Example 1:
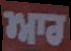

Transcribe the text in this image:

ਆਰ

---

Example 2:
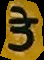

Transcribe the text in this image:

ਤੇ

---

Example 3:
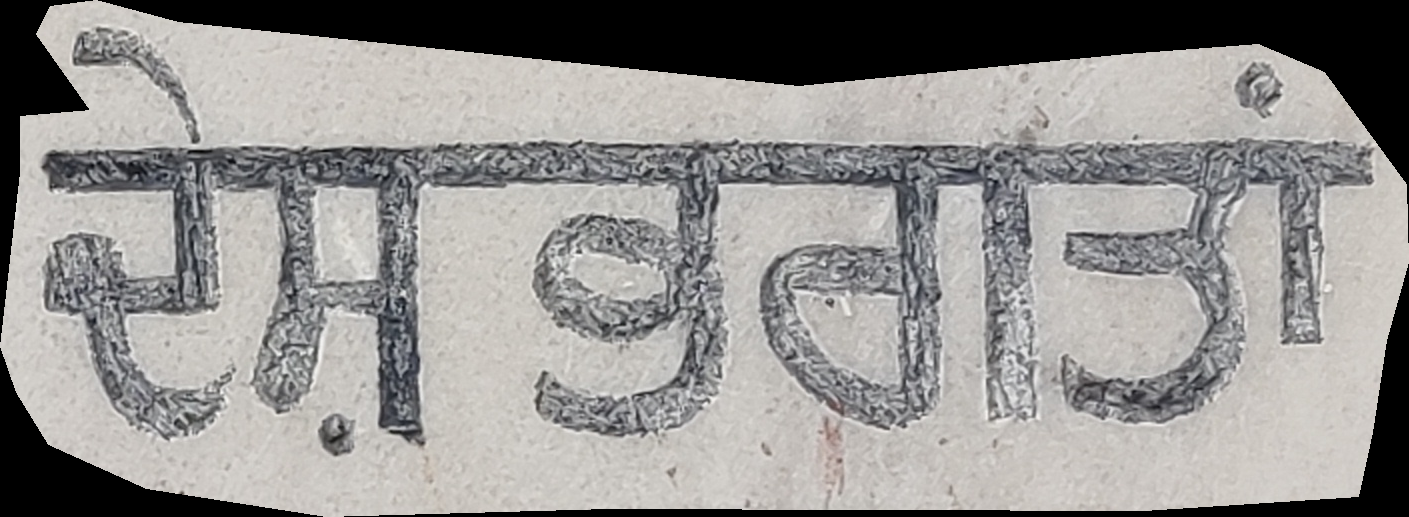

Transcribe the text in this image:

ਦੇਸ਼ਭਗਤਾਂ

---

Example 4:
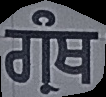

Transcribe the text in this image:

ਗ੍ਰੰਥ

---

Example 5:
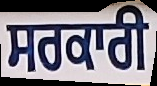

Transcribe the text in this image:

ਸਰਕਾਰੀ